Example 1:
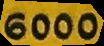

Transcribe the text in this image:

6000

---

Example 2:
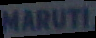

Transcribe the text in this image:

MARUTI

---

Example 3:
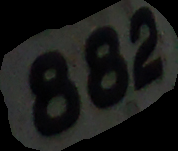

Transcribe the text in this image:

882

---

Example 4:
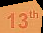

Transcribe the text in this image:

13th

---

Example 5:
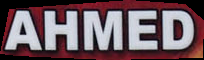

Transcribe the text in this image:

AHMED